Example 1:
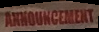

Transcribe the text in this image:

ANNOUNCEMENT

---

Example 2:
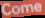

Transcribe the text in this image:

Come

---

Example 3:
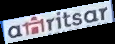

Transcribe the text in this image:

amritsar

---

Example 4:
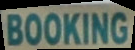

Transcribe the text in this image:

BOOKING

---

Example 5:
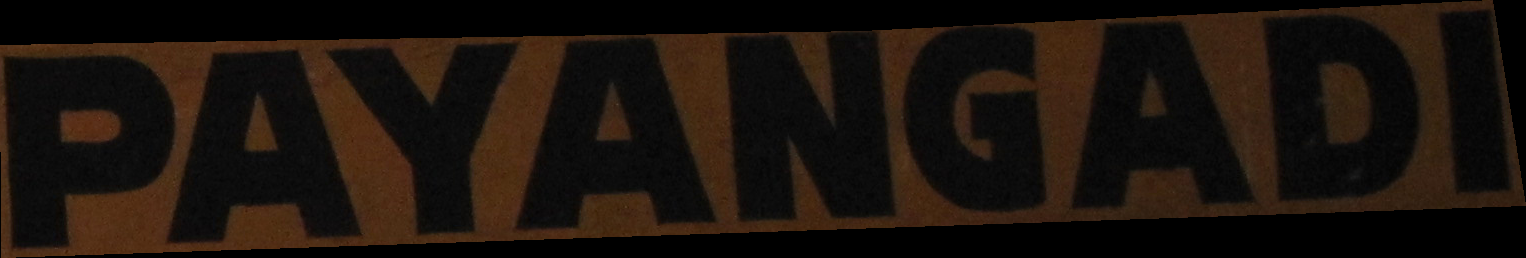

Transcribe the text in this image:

PAYANGADI